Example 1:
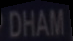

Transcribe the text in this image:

DHAM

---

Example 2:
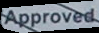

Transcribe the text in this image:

Approved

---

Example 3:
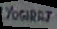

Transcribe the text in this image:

YOGIRAT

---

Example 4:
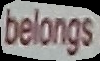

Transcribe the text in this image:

belongs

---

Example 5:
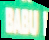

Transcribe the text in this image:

BABU